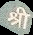
श्री